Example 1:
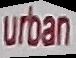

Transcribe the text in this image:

urban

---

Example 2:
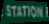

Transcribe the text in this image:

STATION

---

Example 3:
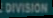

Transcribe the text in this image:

DIVISION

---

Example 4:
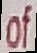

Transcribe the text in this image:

of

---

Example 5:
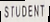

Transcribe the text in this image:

STUDENT